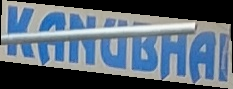
KANUBHAI